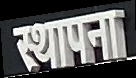
स्‍थापना